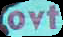
ovt